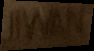
JIWAN